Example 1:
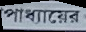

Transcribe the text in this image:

পাধ্যায়ের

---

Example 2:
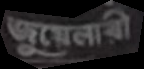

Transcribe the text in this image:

জুয়েলারী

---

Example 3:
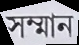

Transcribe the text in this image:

সম্মান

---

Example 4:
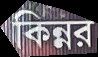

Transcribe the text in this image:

কিন্নর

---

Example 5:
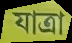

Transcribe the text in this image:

যাত্রা